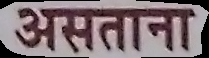
असताना